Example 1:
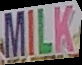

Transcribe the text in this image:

MILK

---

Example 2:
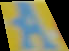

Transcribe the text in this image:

A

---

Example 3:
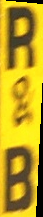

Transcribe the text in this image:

R&B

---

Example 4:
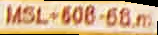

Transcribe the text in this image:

MSL+608-66.m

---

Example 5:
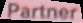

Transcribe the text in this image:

Partner